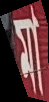
মা